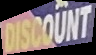
DISCOUNT